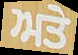
ਅਤੇ